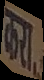
करा.